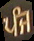
ਪੰਜ